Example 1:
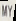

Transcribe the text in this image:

MY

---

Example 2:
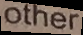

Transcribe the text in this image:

other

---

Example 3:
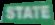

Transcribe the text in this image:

STATE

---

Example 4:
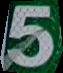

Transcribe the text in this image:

5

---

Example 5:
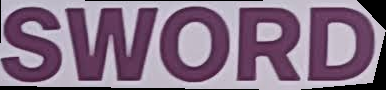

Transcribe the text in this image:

SWORD